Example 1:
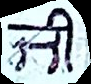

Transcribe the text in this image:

ਜੀ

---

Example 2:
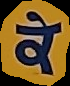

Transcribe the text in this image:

ਕੇ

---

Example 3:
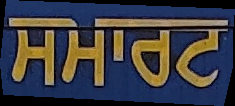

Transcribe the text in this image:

ਸਮਾਰਟ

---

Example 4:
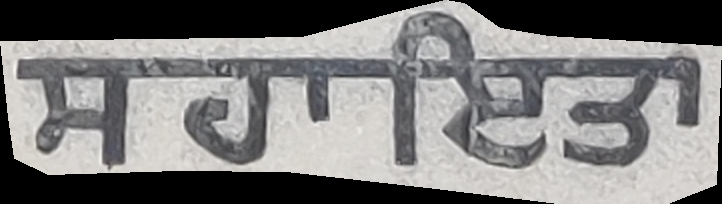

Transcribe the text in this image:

ਸਹਾਇਤਾ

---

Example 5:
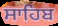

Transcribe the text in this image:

ਸਾਹਿਬ